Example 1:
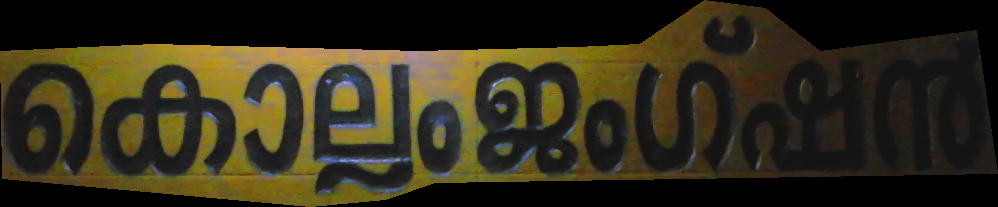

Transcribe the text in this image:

കൊല്ലംജംഗ്ഷൻ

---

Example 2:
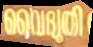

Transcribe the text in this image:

വൈദ്വതി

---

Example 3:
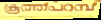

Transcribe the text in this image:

ക്രത്തപറമ്പ്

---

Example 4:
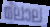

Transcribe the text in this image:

മലാല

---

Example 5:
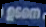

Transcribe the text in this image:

ഉടനെ